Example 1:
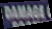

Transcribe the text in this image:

DAMAGE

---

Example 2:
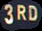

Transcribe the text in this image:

3RD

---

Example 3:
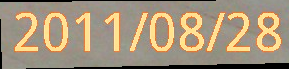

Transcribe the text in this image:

2011/08/28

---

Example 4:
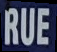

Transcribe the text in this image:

RUE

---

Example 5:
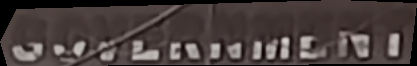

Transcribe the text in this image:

GOVERNMENT